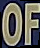
OF